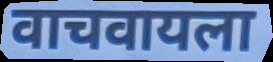
वाचवायला